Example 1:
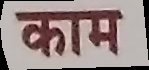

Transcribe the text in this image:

काम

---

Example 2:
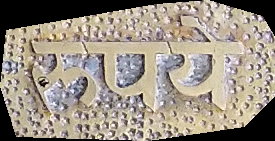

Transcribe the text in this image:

रुपये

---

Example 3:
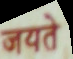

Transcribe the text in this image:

जयते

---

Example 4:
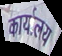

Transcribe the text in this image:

कार्यालय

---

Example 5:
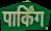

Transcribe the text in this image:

पार्किंग